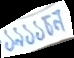
১৯১১চন